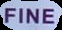
FINE